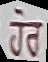
ਹੋਰ